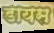
डायस